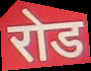
रोड